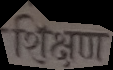
शिक्षण